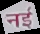
नई